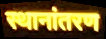
स्थानांतरण